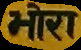
भोरा